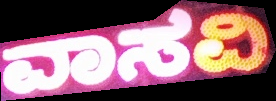
ವಾಸವಿ